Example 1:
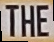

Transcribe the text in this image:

THE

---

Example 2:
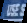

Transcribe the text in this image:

use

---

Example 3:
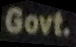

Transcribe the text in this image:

Govt.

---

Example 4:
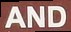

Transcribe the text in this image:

AND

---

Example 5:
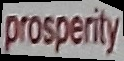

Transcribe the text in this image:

prosperity